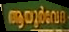
ആയൂർ‌വേദ